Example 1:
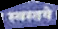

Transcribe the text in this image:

स्वस्तये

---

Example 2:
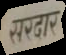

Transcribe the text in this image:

सरदार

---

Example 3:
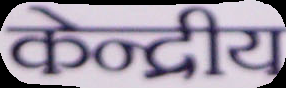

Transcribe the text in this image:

केन्द्रीय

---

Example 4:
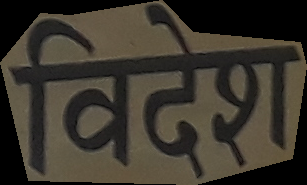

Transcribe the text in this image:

विदेश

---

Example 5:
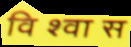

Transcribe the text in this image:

विश्वास